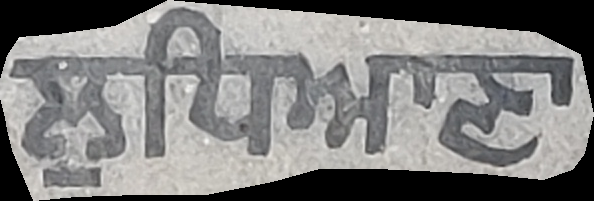
ਲੁਧਿਆਣਾ